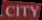
CITY